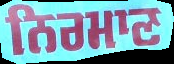
ਨਿਰਮਾਣ